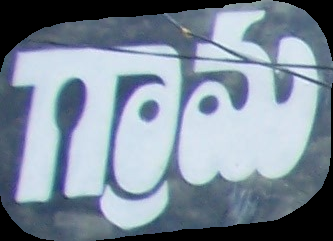
గ్రామ్